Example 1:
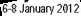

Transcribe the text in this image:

6-8January2012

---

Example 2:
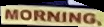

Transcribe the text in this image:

MORNING,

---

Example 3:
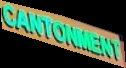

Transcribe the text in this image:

CANTONMENT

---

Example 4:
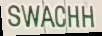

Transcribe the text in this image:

SWACHH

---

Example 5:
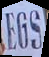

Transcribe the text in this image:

EGS